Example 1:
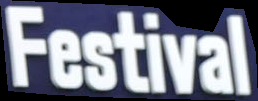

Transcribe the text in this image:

Festival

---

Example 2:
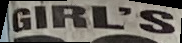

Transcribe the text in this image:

GIRL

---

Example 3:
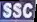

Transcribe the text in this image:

SSC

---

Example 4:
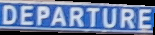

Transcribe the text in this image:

DEPARTURE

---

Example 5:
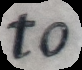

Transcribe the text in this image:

to